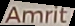
Amrit